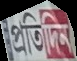
প্রতিদিন